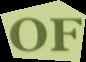
OF